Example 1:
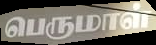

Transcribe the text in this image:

பெருமாள்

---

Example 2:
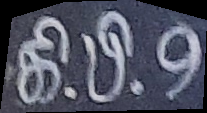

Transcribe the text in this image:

கி.பி.9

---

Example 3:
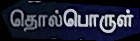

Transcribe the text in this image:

தொல்பொருள்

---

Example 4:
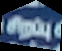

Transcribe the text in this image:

சிறப்பு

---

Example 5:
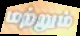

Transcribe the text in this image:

மற்றும்